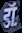
डॉ.